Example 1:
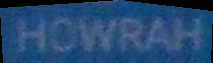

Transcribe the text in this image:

HOWRAH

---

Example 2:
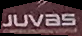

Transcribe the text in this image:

JUVAS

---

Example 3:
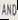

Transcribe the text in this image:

AND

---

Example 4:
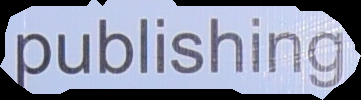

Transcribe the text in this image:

publishing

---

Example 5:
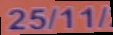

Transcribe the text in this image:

25/11/